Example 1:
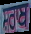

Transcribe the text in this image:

ਸ਼ਰਾਬ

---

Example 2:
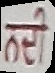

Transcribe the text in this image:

ਨਦੀ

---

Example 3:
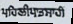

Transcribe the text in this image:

ਪਹਿਲੀਪਤਸਾਹੀ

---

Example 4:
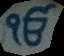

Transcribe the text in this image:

੧ਓ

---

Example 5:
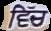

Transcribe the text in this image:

ਵਿੱਚ